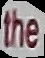
the